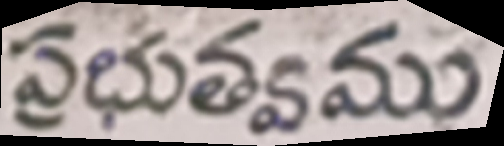
ప్రభుత్వము